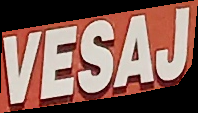
VESAJ